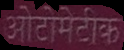
ओटोमेटीक